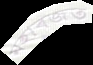
মহাৰজত